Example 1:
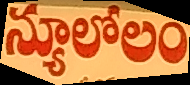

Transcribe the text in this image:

న్యూలోలం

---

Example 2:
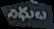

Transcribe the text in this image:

నిఘట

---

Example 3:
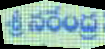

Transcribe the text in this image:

శ్రీ నరేంద్ర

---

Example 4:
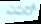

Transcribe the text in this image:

ఎవరో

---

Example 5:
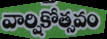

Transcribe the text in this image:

వార్షికోత్సవం